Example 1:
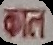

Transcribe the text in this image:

काल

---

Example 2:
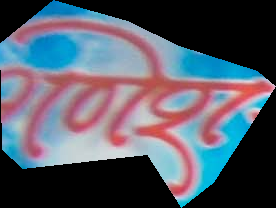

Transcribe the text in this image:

गणेश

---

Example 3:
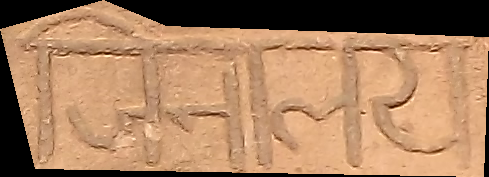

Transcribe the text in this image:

जिनालय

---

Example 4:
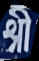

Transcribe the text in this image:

श्री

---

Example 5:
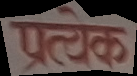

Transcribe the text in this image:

प्रत्येक